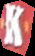
K